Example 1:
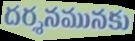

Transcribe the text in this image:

దర్శనమునకు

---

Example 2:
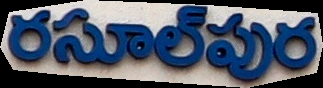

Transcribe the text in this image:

రసూల్పుర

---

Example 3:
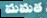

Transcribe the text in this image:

మమత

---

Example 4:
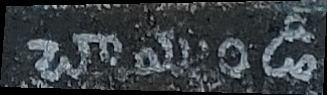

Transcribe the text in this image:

చాముండి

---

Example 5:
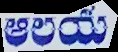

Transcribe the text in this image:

ఆలయ